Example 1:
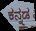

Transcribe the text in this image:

ಕನ್ನಡ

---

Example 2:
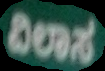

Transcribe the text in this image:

ವಿಲಾಸ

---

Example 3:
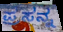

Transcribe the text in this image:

ಪ್ರಸನ್ನ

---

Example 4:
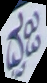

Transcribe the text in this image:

ವ್ತಜ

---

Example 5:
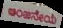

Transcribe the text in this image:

ಆಂಜನೇಯ